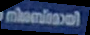
നിശബ്ദമായി